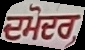
ਦਮੋਦਰ